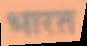
भारत